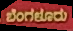
ಬೆಂಗಳೂರು